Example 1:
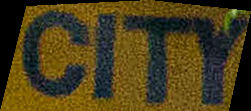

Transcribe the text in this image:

CITY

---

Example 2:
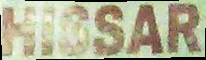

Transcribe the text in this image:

HISSAR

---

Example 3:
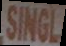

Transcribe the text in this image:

SINGL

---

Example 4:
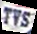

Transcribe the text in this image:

TVS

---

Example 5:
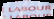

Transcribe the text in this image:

LABOUR